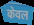
केवल